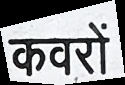
कवरों